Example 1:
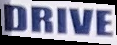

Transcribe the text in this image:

DRIVE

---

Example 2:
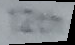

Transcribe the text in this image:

12th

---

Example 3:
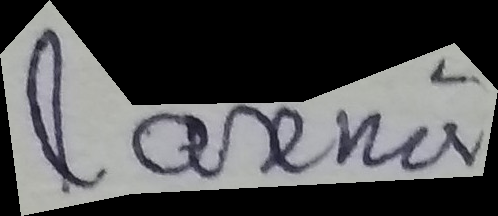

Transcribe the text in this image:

laxmi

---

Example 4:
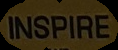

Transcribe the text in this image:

INSPIRE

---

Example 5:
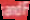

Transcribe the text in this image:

andF